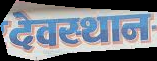
देवस्थान-